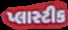
પ્લાસ્ટીક